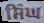
ਸਿੰਘ